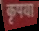
कृपया